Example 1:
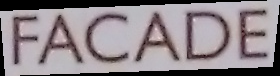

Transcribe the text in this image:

FACADE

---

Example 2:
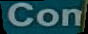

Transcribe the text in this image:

Con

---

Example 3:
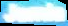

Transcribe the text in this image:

Jamia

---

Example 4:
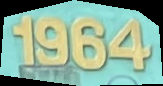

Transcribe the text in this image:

1964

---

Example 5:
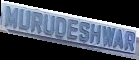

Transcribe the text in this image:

MURUDESHWAR